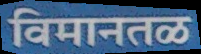
विमानतळ